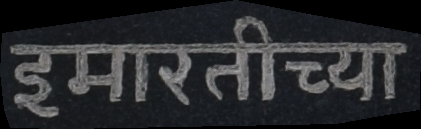
इमारतीच्या